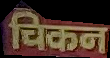
चिकन